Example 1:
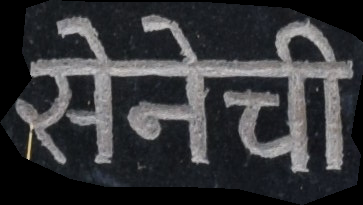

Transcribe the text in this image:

सेनेची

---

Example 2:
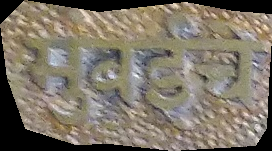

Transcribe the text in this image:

मुबईचे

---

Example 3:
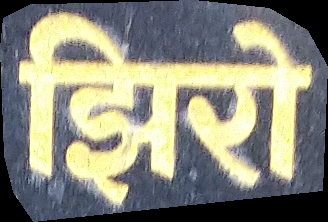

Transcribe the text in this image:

झिरो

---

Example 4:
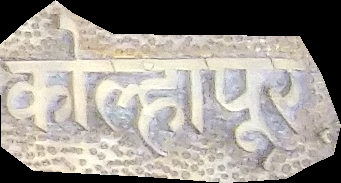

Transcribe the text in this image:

कोल्हापूर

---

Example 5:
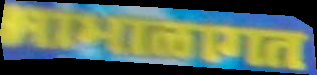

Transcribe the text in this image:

आभाळागत